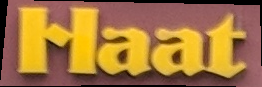
Haat